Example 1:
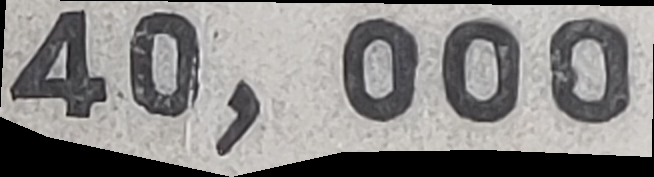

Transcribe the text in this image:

40,000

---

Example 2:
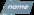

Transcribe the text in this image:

name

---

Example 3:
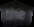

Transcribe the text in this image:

the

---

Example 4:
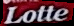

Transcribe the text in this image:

Lotte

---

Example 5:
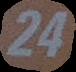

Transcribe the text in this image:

24